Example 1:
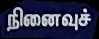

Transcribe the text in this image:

நினைவுச்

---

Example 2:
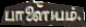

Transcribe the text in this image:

பாளையம்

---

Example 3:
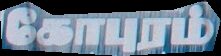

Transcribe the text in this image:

கோபுரம்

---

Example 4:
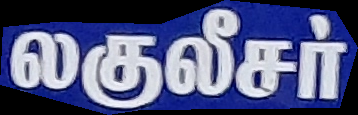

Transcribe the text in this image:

லகுலீசா்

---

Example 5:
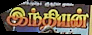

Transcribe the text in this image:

இந்தியன்